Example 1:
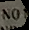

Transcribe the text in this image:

801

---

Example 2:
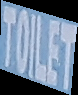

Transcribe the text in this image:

TOILET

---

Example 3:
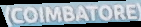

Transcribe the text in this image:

(COIMBATORE)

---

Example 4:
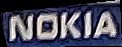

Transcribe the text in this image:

NOKIA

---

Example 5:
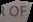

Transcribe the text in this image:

OF